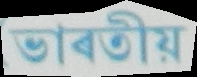
ভাৰতীয়